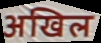
अखि‍ल